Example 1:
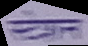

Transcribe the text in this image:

स्टेशन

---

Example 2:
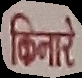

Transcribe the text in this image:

किनारे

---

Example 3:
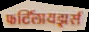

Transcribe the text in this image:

फर्टिलायझर्स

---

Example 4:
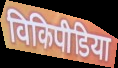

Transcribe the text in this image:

विकिपीडिया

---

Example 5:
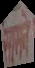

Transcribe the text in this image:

सामने